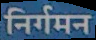
निर्गमन